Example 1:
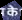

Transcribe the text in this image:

के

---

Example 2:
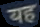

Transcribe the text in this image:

यह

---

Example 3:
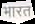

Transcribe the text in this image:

भारत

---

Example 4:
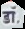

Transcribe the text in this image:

डॉ.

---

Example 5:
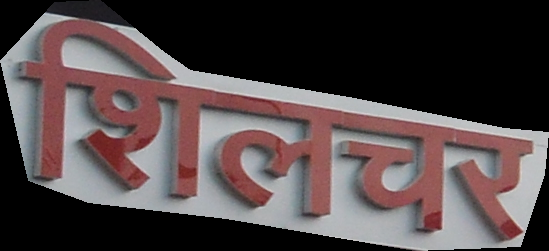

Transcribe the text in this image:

शिलचर